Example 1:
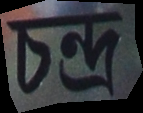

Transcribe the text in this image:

চন্দ্ৰ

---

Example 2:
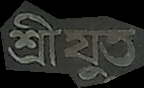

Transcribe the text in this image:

শ্রীযুত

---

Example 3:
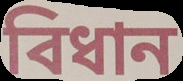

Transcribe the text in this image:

বিধান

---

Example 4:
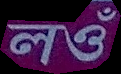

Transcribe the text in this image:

লওঁ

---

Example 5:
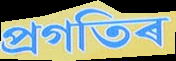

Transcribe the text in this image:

প্ৰগতিৰ